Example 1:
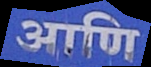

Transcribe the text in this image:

आणि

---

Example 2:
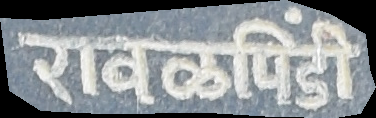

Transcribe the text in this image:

रावळपिंडी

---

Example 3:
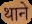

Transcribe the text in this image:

थाने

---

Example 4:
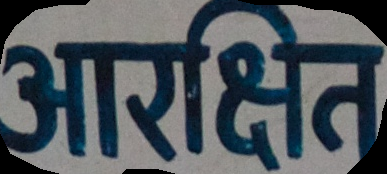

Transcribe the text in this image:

आरक्षित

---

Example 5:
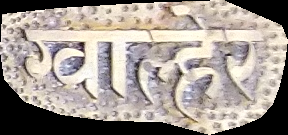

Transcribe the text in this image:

ग्वाल्हेर